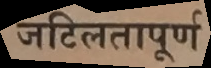
जटिलतापूर्ण